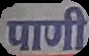
पाणी